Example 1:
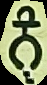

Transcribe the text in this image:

ਨੂੰ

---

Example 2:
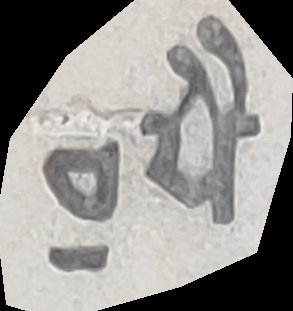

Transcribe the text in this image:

ਰੁਪੈ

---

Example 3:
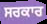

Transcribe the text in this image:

ਸਰਕਾਰ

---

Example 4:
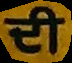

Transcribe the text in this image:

ਦੀ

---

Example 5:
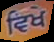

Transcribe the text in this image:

ਵਿਖੇ